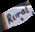
Rural